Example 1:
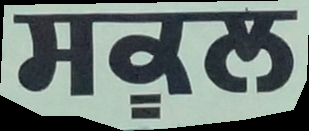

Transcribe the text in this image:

ਸਕੂਲ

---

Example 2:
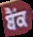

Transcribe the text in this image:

ਬੈਂਕ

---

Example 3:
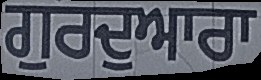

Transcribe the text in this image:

ਗੁਰਦੁਆਰਾ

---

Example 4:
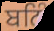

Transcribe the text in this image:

ਬ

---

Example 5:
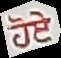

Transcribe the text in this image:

ਹੋਏ